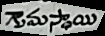
గ్రామస్థాయి